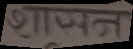
शासन